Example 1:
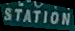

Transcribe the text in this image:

STATION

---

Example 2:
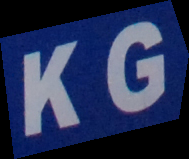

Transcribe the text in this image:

KG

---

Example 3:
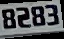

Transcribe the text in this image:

8283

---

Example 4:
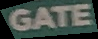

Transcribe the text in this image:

GATE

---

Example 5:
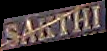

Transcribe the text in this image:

SAKTHI